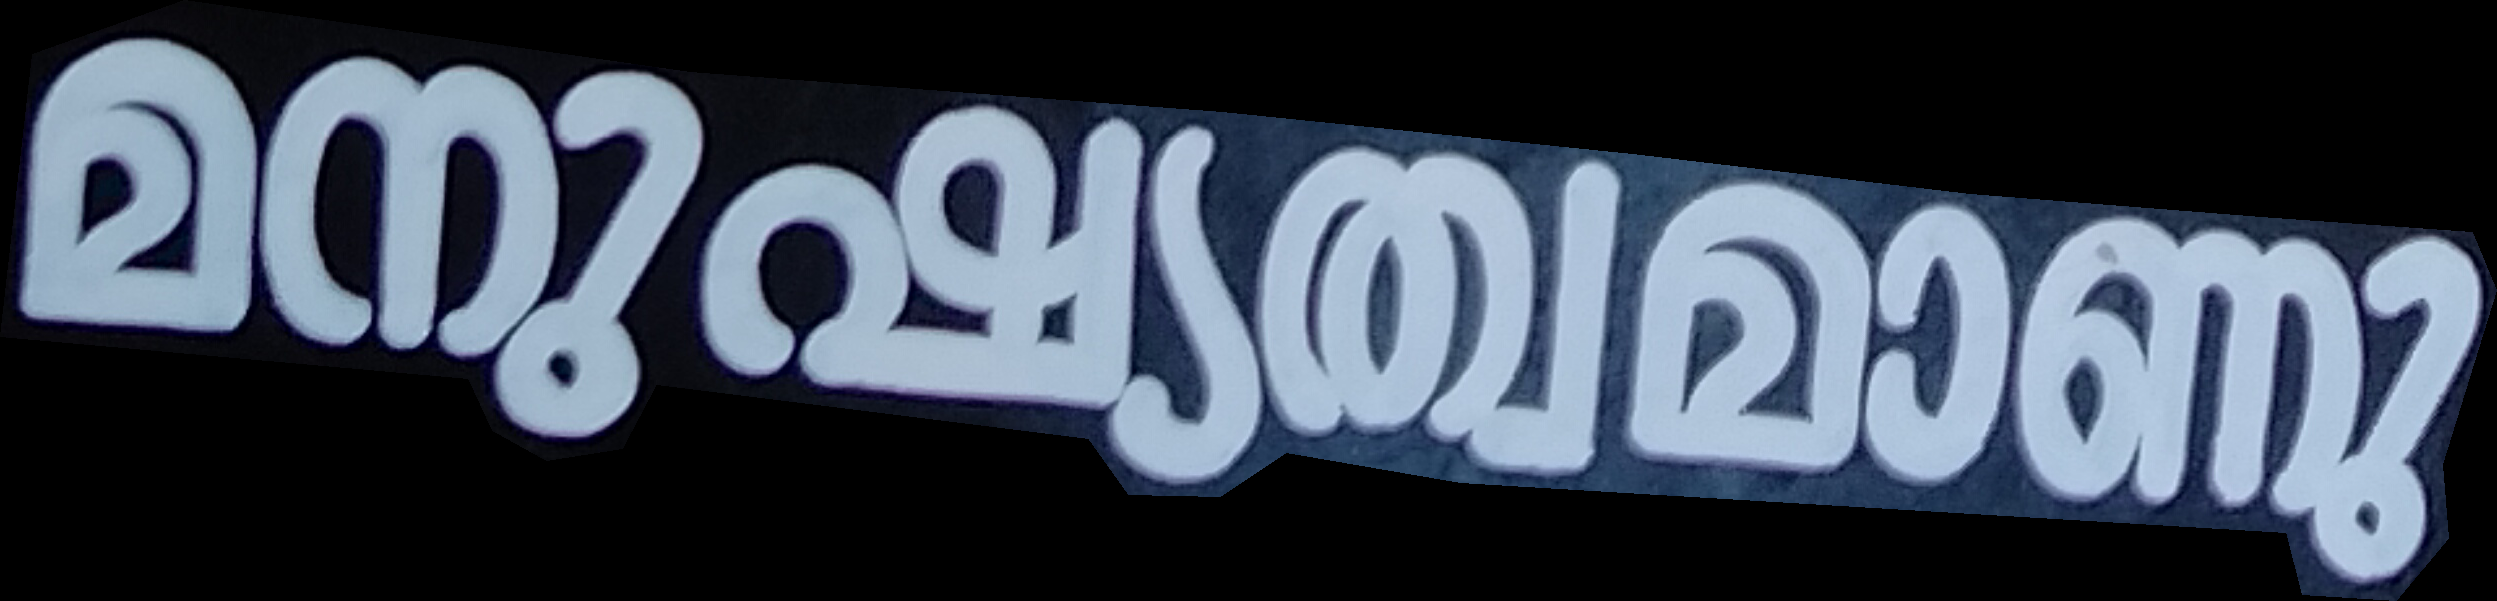
മനുഷ്യത്വമാണു